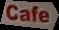
Cafe